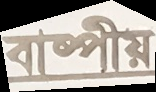
বাষ্পীয়